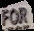
FOR